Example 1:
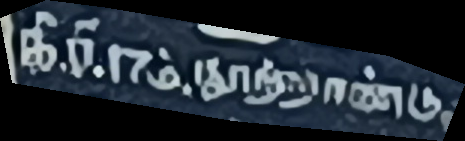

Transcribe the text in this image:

கி.பி.17,நூற்றாண்டு,மதுரை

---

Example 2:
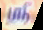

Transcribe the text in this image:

ஸ்ரீ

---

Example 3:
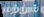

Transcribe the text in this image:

மற்றும்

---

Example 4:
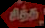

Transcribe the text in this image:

சித்த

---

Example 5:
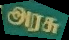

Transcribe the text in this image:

அரசு